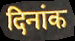
दिनांक